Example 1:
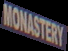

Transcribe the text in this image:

MONASTERY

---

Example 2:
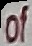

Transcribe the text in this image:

of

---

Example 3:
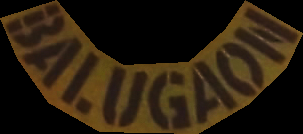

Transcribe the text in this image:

BALUGAON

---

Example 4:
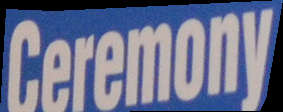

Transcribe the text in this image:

Ceremony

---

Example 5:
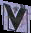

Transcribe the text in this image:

V